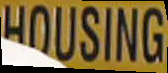
OUSING